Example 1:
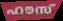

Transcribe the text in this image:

ഹൗസ്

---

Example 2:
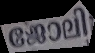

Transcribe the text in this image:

ജോലി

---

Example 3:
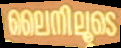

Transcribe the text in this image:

ലൈനിലൂടെ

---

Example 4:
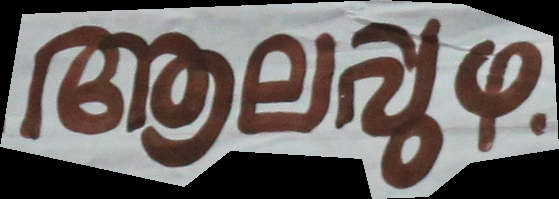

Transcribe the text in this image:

ആലപ്പുഴ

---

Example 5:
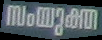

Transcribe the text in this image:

സംയുക്ത